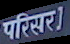
परिसर]